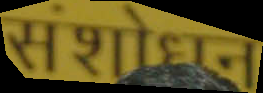
संशोधन